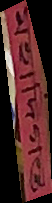
মহাদিগন্ত